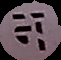
न